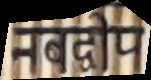
नबद्वीप